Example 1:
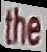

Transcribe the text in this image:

the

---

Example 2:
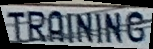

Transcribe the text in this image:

TRAINING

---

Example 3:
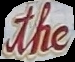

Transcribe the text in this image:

the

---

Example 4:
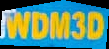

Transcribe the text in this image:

WDM3D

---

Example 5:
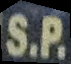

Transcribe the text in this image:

S.P.